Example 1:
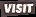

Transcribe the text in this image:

VISIT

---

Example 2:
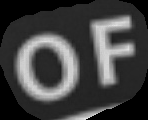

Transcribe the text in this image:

OF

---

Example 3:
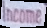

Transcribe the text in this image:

Income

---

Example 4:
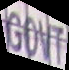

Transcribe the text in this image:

GOVT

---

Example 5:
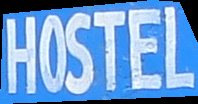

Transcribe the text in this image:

HOSTEL